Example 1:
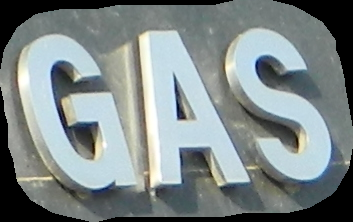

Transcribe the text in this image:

GAS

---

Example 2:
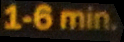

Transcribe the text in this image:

1-6min.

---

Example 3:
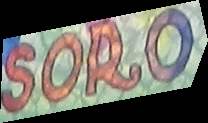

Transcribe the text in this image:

SORO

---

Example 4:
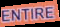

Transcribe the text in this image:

ENTIRE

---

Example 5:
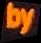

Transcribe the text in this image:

by